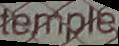
temple